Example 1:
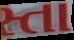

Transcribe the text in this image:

સ્તા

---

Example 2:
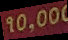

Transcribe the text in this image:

૧૦,૦૦૦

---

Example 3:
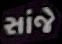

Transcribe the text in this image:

સાંજે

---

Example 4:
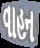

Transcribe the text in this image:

વાહન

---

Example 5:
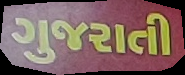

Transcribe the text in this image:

ગુજરાતી